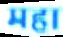
महा